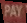
PAY